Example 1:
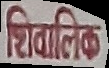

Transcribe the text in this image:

शिवालिक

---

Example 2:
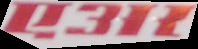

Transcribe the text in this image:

एअर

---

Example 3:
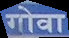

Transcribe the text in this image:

गोवा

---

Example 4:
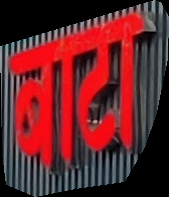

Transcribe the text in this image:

बाटा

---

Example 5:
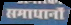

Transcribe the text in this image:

समाधानों